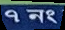
৭নং